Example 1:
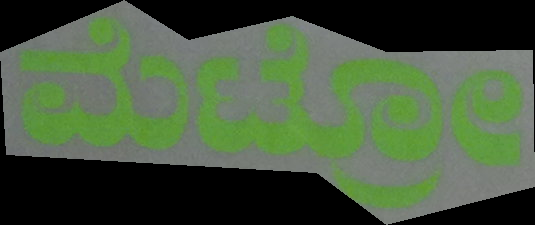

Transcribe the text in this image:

ಮಟ್ರೋ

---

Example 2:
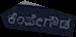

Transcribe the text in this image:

ಕೆಂಪೇಗೌಡ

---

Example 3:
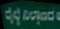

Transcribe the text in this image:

ರೈಟ್ಟೆನಲ್ಲಾಣದ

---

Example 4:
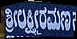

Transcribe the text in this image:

ಶ್ರೀಲಕ್ರೀರಮಣ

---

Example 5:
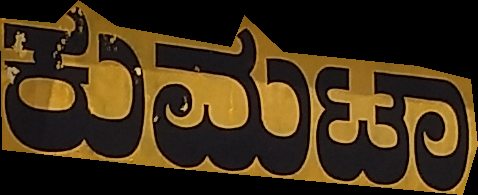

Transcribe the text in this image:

ಕುಮಟಾ